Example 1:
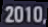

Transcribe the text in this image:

2010,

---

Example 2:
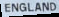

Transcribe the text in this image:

ENGLAND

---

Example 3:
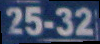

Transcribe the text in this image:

25-32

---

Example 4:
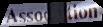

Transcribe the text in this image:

Assotion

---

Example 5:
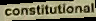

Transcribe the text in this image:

constitutional